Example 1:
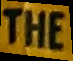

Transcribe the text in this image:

THE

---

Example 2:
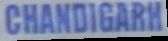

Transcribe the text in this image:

CHANDIGARH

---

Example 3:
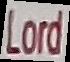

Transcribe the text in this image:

Lord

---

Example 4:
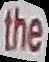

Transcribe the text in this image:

the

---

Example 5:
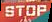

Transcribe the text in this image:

STOP